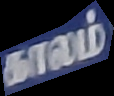
காலம்